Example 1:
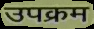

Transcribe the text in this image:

उपक्रम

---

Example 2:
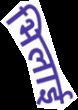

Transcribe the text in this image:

भिलाई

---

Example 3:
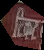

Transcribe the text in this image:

टिकट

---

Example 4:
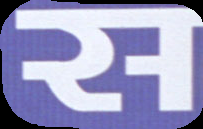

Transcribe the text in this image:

स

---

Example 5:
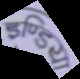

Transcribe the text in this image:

इण्डिया